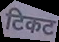
टिकट